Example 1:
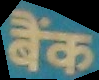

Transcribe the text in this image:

बैंक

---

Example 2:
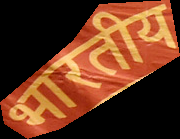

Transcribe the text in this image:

भारतीय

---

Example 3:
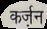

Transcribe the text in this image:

कर्ज़न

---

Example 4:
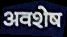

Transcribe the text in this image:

अवशेष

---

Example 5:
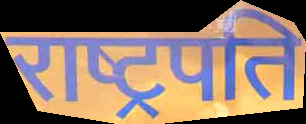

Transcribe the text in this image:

राष्ट्रपति